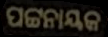
ପଟ୍ଟନାୟକ